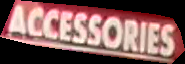
ACCESSORIES